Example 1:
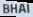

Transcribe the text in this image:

BHAI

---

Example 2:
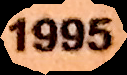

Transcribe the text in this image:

1995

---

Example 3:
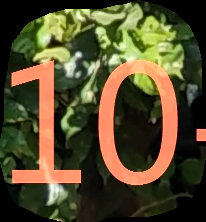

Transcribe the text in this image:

10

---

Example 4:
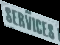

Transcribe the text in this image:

SERVICES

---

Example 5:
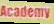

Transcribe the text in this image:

Academy